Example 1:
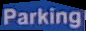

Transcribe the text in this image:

Parking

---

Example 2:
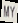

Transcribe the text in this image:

MY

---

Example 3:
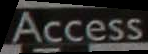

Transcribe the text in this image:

Access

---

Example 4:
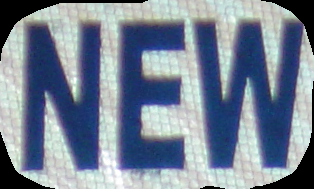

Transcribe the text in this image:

NEW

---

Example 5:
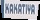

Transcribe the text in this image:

KAKATIYA